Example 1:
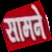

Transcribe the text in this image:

सामने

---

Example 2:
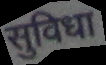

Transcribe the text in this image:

सुविधा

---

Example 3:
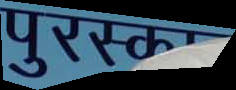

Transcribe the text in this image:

पुरस्का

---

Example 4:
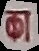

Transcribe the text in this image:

का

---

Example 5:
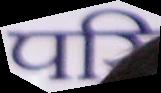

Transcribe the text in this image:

परि